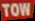
TOW